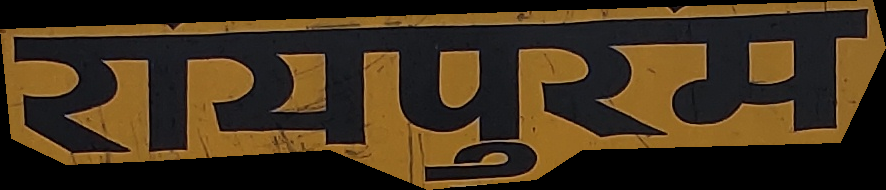
रायपुरम